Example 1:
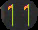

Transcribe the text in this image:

11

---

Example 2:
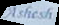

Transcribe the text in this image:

Ashesh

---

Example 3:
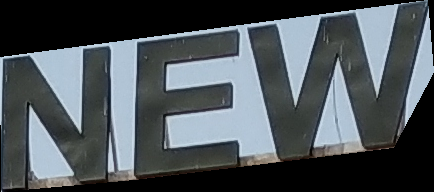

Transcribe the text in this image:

NEW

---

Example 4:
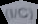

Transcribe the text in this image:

(I/C)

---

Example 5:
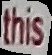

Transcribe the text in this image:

this